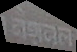
नैशनल